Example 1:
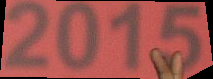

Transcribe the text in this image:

2015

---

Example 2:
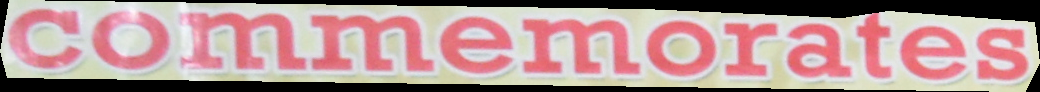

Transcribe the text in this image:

commemorates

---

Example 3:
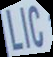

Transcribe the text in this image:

LIC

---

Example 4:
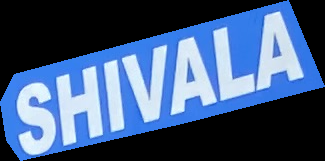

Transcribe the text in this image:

SHIVALA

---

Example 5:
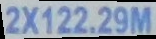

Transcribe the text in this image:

2X122.29M